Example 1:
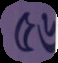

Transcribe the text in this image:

৫৬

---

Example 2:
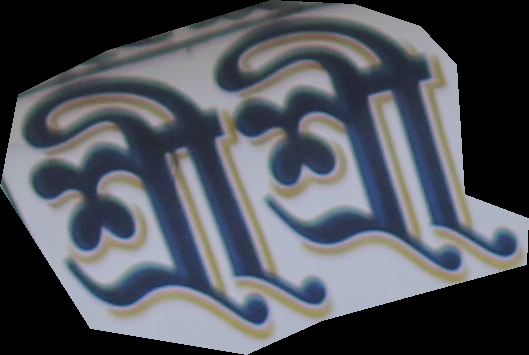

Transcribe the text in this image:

শ্রীশ্রী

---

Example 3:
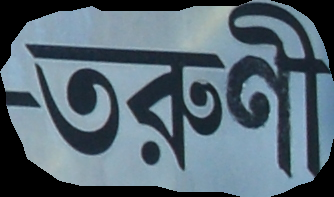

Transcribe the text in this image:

তরুণী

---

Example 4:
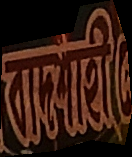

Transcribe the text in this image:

বাদশাহী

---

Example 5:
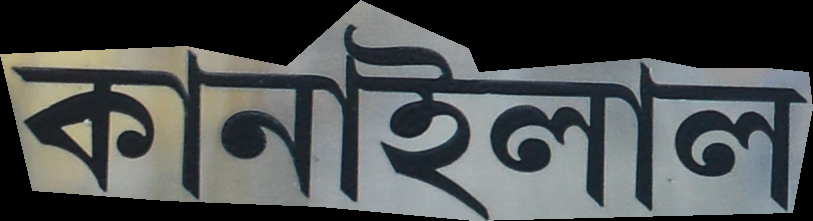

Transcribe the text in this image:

কানাইলাল